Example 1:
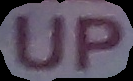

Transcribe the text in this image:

UP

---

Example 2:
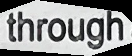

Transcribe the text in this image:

through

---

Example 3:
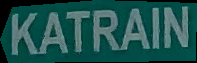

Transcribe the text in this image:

KATRAIN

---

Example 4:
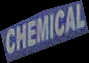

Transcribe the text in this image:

CHEMICAL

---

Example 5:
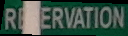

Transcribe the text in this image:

RESERVATION